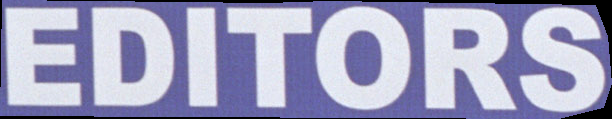
EDITORS